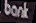
bank